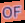
OF